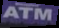
ATM